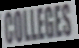
COLLEGES